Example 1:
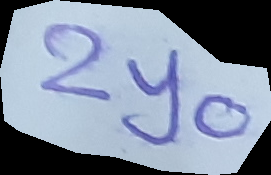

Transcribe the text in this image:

२५०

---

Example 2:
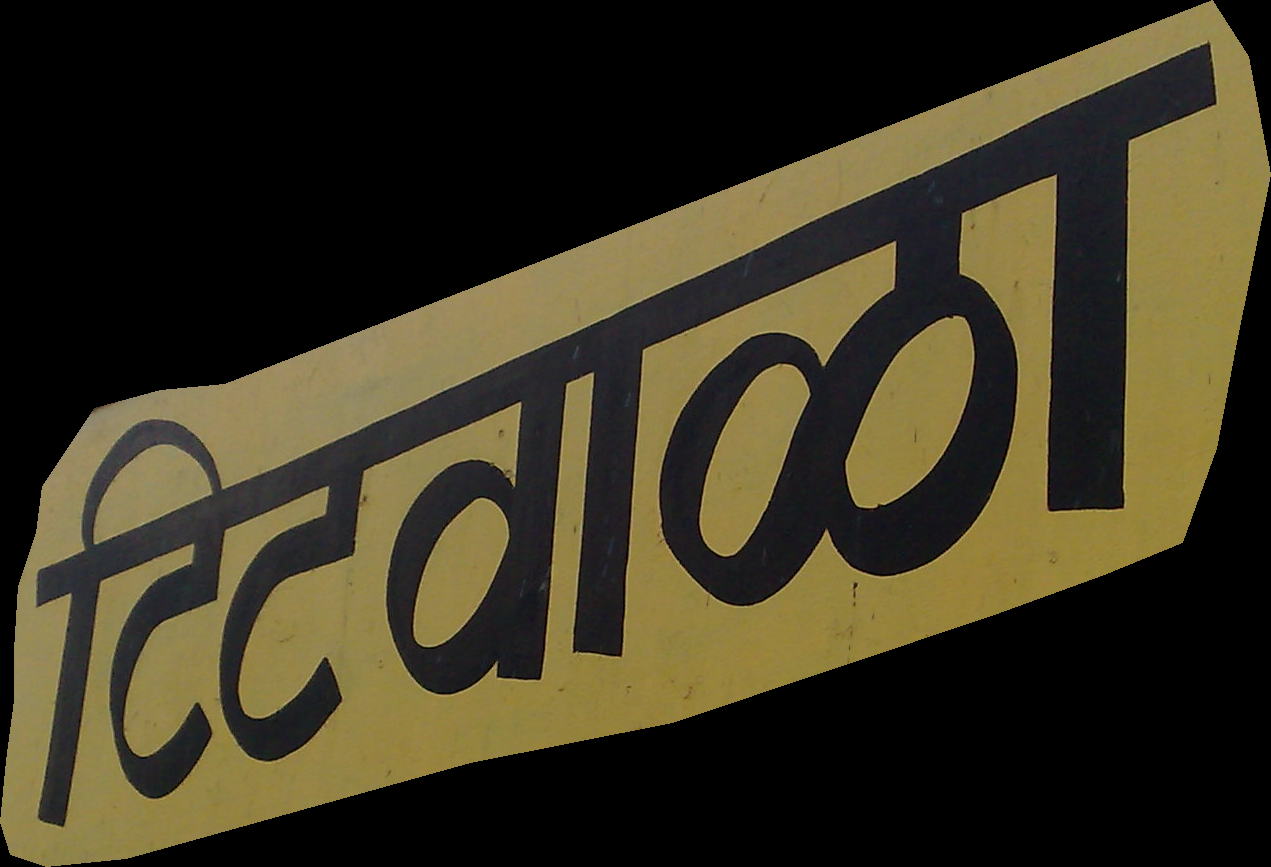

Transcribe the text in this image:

टिटवाळा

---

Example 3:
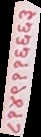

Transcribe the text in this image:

८१४९११६६६३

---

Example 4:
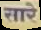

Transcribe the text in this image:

सारे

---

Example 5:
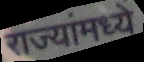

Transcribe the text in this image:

राज्यांमध्ये